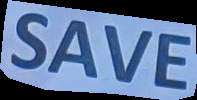
SAVE